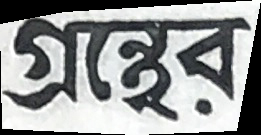
গ্রন্থের